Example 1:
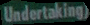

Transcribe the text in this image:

Undertaking)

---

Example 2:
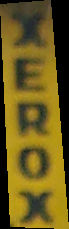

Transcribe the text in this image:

XEROX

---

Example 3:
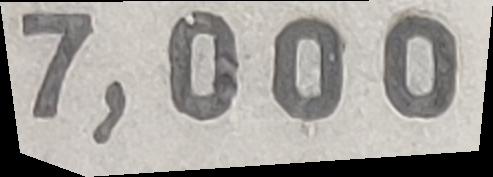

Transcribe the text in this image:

7,000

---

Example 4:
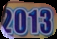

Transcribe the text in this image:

2013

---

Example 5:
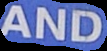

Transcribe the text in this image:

AND